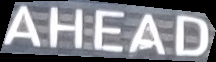
AHEAD